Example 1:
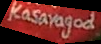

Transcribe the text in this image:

Kasavagad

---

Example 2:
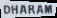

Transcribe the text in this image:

DHARAM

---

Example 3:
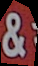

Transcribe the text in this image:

&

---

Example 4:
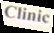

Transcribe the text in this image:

Clinic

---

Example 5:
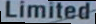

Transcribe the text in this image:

Limited